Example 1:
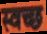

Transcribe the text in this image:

स्वच्छ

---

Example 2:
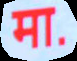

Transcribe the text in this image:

मा.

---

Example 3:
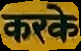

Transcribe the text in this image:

करके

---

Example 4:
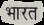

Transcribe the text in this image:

भारत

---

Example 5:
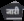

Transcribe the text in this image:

जारी